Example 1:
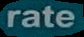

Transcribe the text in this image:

rate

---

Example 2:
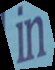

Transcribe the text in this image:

in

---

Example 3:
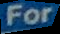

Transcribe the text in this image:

For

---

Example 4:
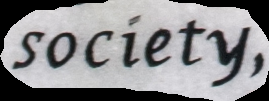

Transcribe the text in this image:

society,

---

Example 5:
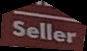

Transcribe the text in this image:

Seller